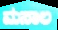
ಮಸಾಲ